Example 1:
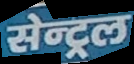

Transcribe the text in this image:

सेन्ट्रल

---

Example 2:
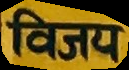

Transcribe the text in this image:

विजय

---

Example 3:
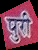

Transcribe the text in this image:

पुरी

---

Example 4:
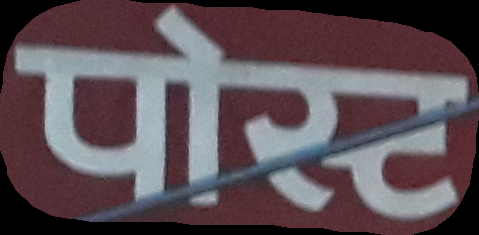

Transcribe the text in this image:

पोस्ट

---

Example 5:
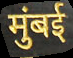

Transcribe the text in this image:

मुंबई